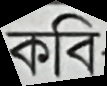
কবি